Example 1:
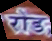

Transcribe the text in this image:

रोड,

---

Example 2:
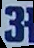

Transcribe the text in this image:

अ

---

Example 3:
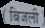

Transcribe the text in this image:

बिजली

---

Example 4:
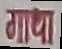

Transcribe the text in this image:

गाथा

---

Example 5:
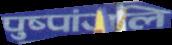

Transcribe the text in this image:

पुष्पांलि